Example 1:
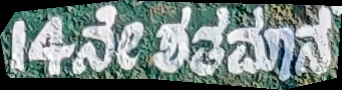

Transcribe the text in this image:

14ನೇಶತಮುನ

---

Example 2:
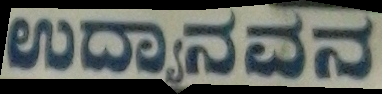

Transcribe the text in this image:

ಉದ್ಯಾನವನ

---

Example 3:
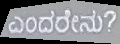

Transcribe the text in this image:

ಮಾಡುತ್ತದೆ?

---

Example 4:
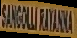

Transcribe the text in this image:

ಇಚಿ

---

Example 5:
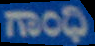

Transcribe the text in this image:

ಗಾಂಧಿ